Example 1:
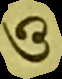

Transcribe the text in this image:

ও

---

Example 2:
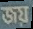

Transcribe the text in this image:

জয়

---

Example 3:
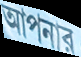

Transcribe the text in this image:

আপনার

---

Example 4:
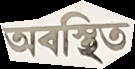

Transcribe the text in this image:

অবস্থিত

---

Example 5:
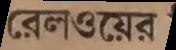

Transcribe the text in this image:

রেলওয়ের